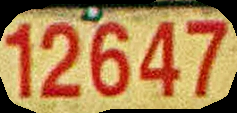
12647